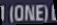
(ONE)